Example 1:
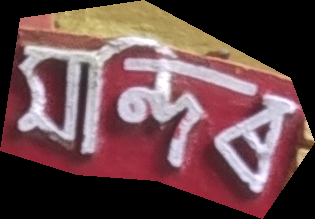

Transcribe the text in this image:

মন্দিৰ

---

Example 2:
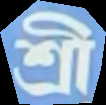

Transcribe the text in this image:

শ্রী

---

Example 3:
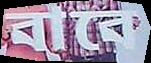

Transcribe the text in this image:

বাকে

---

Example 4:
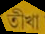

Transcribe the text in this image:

তীখা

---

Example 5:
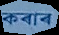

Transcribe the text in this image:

কৰাৰ